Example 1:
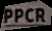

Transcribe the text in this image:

PPCR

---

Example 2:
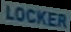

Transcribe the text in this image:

LOCKER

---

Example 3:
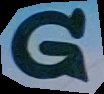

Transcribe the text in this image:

G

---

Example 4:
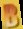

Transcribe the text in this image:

B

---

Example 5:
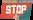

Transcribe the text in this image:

STOP